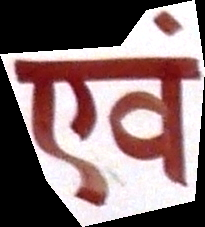
एवं